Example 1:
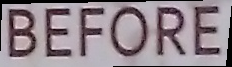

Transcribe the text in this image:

BEFORE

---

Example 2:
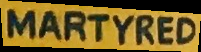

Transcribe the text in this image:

MARTYRED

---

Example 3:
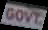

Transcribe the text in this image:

GOVT.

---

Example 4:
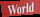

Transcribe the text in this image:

World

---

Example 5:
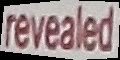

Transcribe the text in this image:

revealed